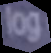
log